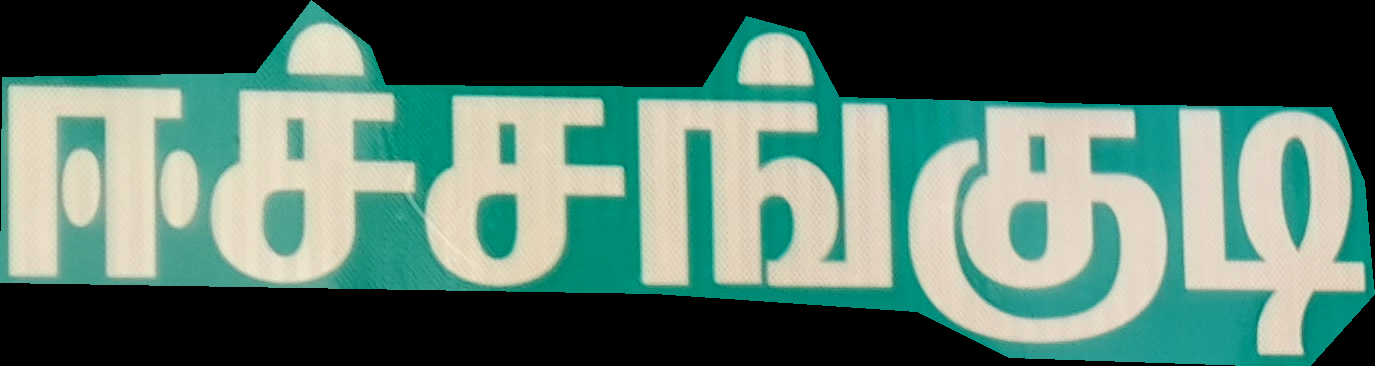
ஈச்சங்குடி